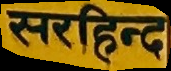
सरहिन्द